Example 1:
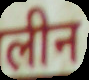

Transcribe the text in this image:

लीन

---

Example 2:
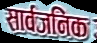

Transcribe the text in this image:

सार्वजनिक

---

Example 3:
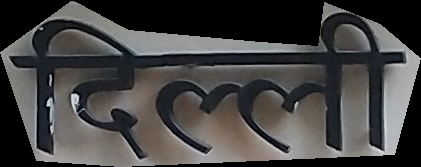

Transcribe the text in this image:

दिल्ली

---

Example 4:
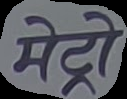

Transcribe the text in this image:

मेट्रो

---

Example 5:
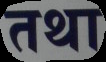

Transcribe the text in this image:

तथा